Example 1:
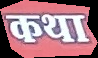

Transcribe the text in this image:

कथा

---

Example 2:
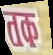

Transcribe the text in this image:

तक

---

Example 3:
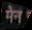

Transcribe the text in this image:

मेन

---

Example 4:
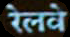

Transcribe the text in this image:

रेलवे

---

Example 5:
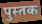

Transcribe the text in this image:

पुस्तक